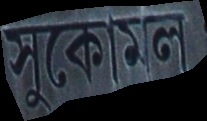
সুকোমল